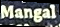
Mangal